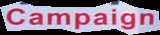
Campaign